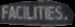
FACILITIES.